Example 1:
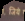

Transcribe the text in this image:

जियें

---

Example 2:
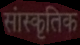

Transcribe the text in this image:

सांस्कृतिक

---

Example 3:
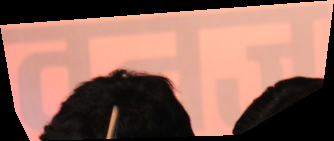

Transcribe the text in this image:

वनज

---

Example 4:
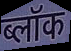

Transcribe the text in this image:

ब्लॉक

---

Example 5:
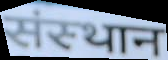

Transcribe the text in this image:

संस्‍थान